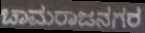
ಚಾಮರಾಜನಗರ